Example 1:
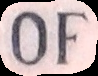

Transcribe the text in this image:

OF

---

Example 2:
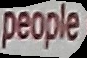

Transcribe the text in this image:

people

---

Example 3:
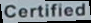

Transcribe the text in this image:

Certified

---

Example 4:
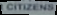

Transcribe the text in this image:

CITIZENS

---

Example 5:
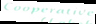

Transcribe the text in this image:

Cooperative